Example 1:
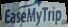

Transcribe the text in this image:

EaseMyTrip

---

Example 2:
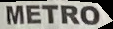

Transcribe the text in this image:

METRO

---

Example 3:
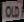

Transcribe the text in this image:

OLD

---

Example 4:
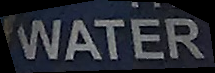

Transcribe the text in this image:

WATER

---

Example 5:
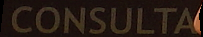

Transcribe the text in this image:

CONSULTA